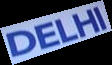
DELHI